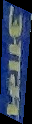
आम